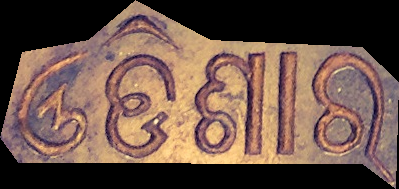
ଓଡ଼ିଶାର